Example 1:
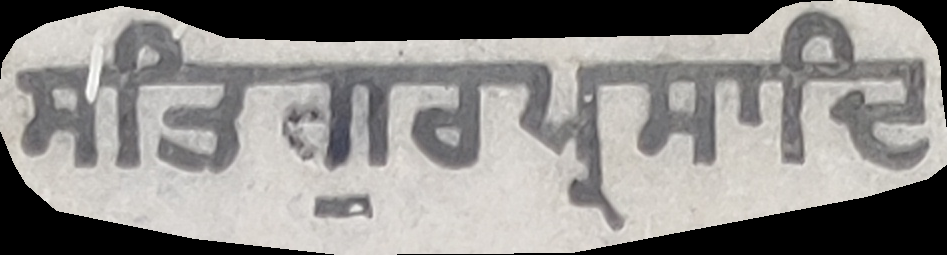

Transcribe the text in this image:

ਸਤਿਗੁਰਪ੍ਰਸਾਦਿ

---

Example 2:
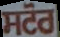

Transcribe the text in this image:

ਸਟੋਰ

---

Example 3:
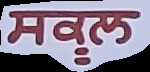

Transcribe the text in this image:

ਸਕੂਲ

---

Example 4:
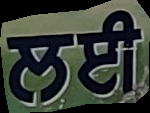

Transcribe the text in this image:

ਲਈ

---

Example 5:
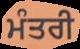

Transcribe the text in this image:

ਮੰਤਰੀ